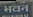
भवन